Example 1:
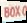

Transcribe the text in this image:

BOX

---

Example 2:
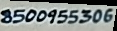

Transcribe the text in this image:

8500955306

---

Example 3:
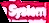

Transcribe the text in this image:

System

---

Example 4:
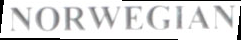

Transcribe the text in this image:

NORWEGIAN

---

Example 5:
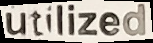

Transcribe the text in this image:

utilized